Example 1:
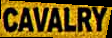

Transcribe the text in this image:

CAVALRY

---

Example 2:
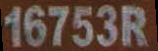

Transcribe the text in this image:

16753R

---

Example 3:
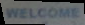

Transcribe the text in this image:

WELCOME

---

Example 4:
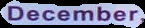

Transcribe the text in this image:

December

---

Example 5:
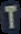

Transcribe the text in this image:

T